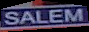
SALEM